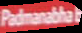
Padmanabha